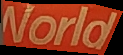
orld